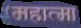
(महात्मा